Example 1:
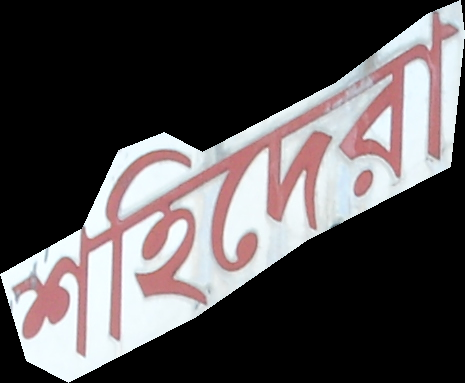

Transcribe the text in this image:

শহিদেরা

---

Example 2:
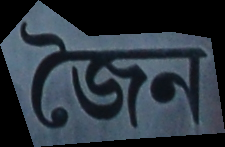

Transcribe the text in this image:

জৈন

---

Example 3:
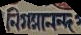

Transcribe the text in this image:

নিগমানন্দ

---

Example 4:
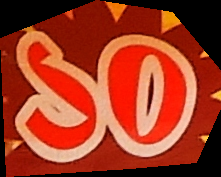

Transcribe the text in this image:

১০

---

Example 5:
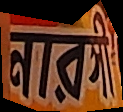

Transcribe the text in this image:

নারসী